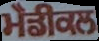
ਮੈਡੀਕਲ